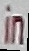
in